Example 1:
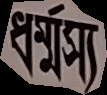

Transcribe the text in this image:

ধৰ্ম্মস্য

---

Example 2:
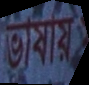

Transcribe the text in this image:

ভাষায়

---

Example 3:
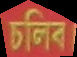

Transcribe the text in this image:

চলিব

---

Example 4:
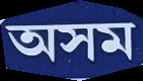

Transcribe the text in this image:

অসম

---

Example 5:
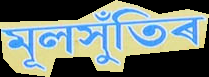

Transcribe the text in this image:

মূলসুঁতিৰ